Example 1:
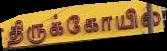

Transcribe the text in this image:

திருக்கோயில்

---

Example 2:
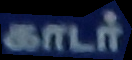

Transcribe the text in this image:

காடா்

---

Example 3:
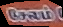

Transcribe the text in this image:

சேலம்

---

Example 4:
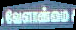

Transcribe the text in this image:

வேளான்மை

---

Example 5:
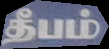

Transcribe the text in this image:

தீபம்